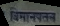
विमानपतन